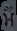
ਮੈਂ